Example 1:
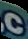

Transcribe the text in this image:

C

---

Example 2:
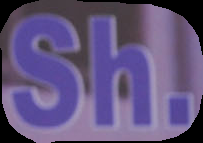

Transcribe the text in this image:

Sh.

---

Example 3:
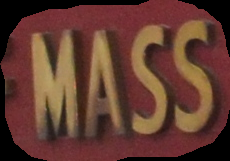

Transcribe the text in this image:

MASS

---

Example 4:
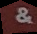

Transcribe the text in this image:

&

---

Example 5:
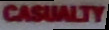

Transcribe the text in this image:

CASUALTY